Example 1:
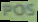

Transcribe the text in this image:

POS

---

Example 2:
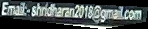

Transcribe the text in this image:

Email:-shridharan2018@gmail.com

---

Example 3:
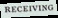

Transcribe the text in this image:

RECEIVING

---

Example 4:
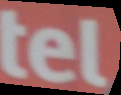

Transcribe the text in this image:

tel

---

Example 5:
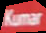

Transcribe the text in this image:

Kumar